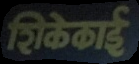
शिकेकाई